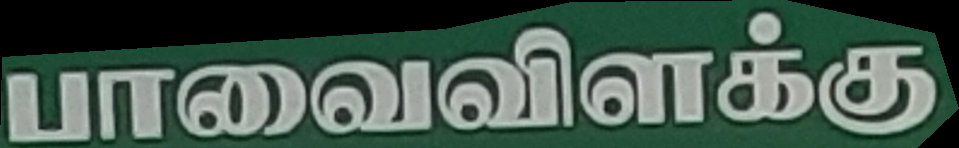
பாவைவிளக்கு